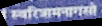
स्वरित्रामनागसो